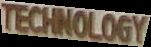
TECHNOLOGY